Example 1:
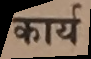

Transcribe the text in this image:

कार्य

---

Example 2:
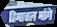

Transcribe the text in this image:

हिमाचल मांगे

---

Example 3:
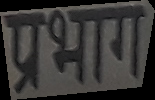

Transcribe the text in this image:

प्रभाग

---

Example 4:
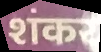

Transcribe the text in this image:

शंकर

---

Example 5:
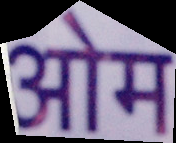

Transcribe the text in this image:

ओम